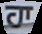
ਹਾ